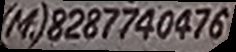
(M)8287740476